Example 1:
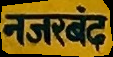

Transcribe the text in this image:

नजरबंद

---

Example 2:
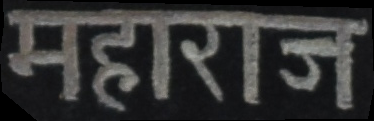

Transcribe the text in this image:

महाराज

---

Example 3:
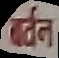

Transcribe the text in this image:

बर्तन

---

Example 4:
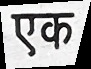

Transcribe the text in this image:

एक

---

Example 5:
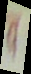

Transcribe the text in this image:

व